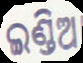
ଇଣ୍ଡିଅ